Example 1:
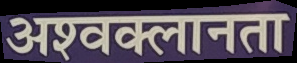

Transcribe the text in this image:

अश्वक्लानता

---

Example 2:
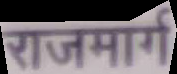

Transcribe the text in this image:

राजमार्ग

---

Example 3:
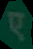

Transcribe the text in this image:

ए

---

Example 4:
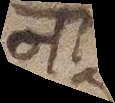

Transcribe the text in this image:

ना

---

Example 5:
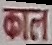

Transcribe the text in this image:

काल